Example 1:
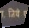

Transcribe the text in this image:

जिये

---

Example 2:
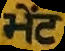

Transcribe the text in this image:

भेंट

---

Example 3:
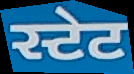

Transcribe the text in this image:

स्टेट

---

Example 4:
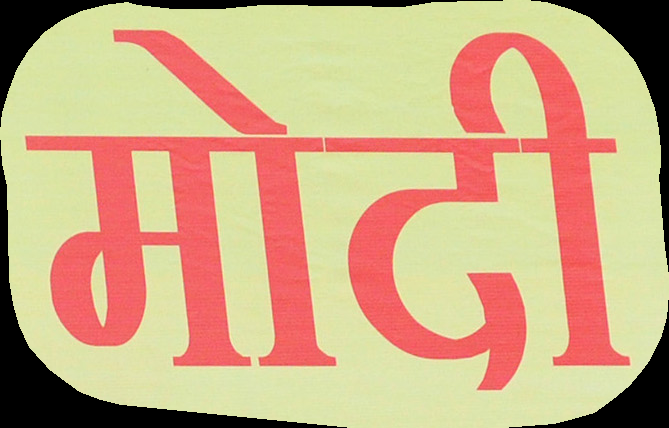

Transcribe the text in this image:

मोदी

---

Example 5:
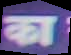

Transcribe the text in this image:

का